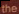
the